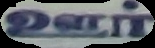
ஊா்